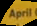
April